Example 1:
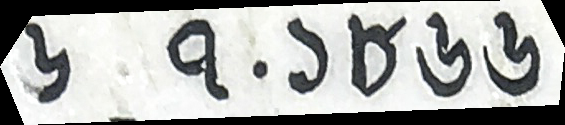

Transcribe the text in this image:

৬.৭.১৮৬৬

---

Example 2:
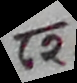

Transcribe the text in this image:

হে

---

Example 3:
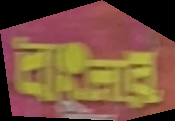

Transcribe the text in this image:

বাংলার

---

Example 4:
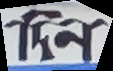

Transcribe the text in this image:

দিন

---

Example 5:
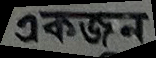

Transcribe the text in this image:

একজন